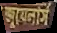
জুয়েলার্স